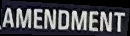
AMENDMENT